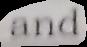
and